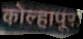
कोल्हापूर